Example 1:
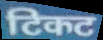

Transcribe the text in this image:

टिकट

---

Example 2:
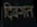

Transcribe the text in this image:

दिवंगत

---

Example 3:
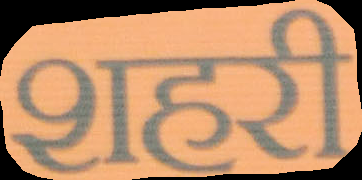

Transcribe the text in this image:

शहरी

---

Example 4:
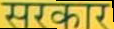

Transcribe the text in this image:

सरकार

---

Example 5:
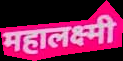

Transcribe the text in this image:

महालक्ष्मी